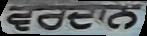
ਵਰਦਾਨ